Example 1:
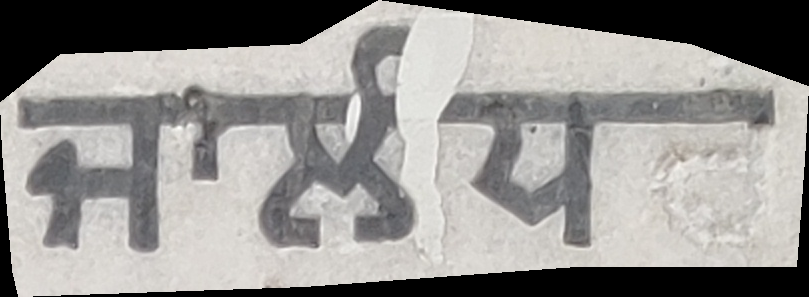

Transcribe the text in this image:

ਜਾਲੰਧਰ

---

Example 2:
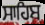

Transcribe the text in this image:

ਸਾਹਿਬ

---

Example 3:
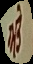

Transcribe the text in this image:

ਅਤੇ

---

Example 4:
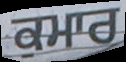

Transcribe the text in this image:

ਕਮਾਰ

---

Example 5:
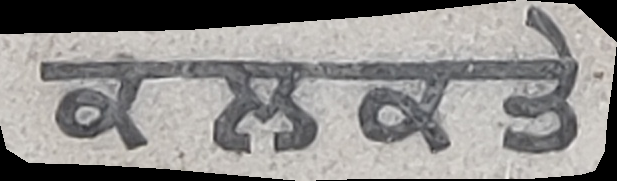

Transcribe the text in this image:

ਕਲਕਤੇ